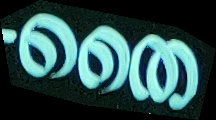
തൈ